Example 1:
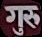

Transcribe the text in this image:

गुरु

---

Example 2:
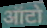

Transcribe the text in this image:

ऑटो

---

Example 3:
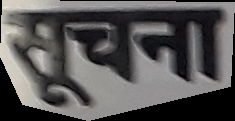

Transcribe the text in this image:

सूचना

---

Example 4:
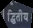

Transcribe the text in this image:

द्धितीय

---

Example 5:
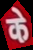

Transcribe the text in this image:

के